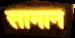
सामान